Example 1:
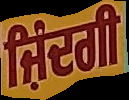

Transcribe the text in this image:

ਜ਼ਿੰਦਗੀ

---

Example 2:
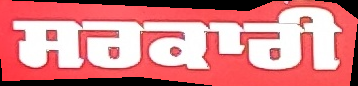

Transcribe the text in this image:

ਸਰਕਾਰੀ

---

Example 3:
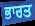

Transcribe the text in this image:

ਭਾਰਤ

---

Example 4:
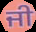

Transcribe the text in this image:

ਜੀ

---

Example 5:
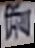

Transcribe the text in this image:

ਸਿਘ